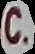
C.